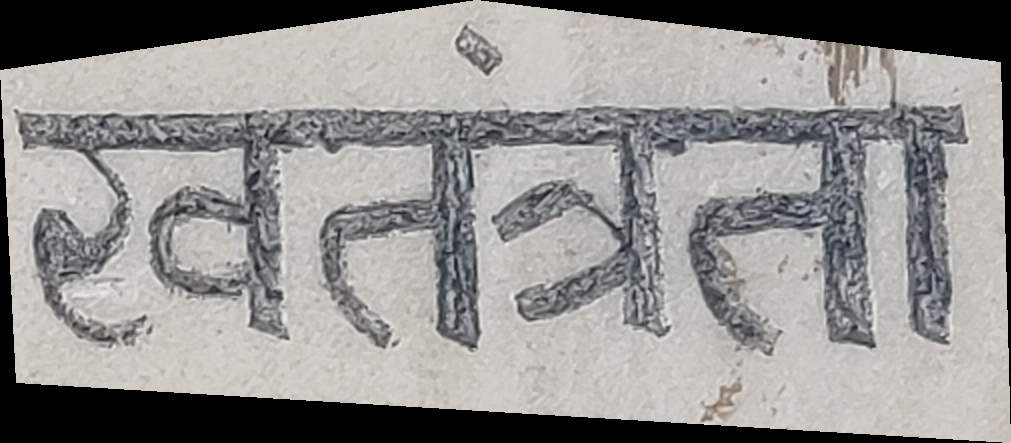
स्वतंत्रता